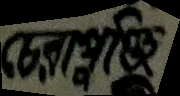
চেরাপুঞ্জি